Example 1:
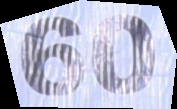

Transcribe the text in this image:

60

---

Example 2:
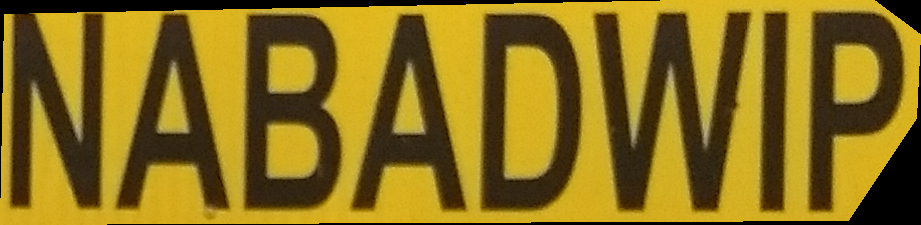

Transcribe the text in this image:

NABADWIP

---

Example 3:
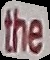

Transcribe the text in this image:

the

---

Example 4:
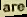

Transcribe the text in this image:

are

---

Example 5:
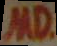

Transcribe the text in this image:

MD.